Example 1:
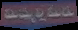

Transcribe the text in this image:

మమ్మల్పమడు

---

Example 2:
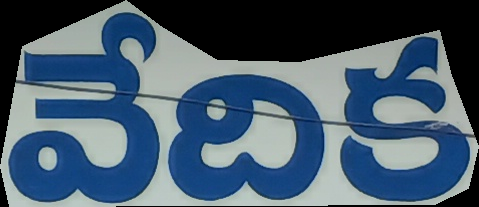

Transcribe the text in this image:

వేదిక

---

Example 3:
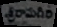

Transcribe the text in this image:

శ్రీరామగిరి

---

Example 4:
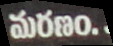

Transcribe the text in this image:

మరణం.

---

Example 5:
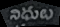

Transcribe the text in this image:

నిధులు